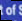
of